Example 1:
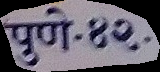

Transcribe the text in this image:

पुणे-४२.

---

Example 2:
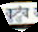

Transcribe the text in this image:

कुटुंब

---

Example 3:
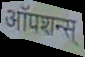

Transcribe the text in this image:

ऑपशन्स्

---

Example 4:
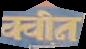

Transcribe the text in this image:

क्वीन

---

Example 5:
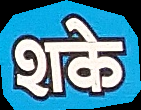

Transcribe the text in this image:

शके